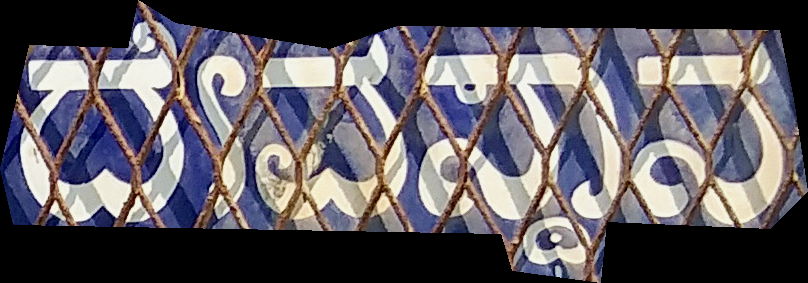
ದೇವಸ್ಥಾನ